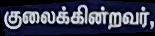
குலைக்கின்றவர்,